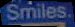
Smiles.